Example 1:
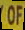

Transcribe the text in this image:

OF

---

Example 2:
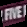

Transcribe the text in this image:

FIVE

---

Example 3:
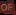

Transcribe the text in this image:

OF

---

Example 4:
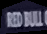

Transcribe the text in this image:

REDBULL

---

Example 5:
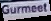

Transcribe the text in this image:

Gurmeet